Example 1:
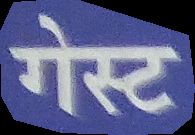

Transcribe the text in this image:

गेस्टळ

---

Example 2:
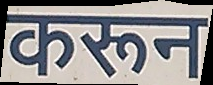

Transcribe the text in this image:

करून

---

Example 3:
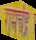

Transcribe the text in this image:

रामचंद्र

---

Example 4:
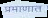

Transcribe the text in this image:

प्रमाणात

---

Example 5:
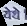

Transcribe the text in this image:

येथे